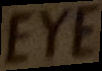
स्ट्रिया